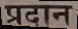
प्रदान